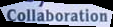
Collaboration